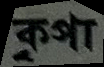
কৃপা